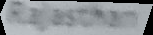
Rajasthan